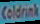
Coldrink